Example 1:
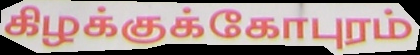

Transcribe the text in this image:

கிழக்குக்கோபுரம்,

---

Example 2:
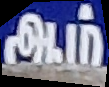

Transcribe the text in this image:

ஆம்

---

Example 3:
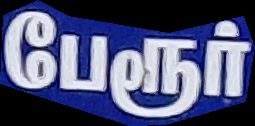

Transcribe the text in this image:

பேரூா்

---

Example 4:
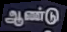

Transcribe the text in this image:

ஆண்டு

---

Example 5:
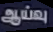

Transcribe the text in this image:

ஆய்வு